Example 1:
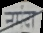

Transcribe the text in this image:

नर्मदा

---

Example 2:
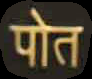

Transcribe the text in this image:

पोत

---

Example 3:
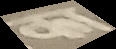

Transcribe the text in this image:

का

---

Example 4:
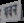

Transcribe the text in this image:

भवन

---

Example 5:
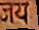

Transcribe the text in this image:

जय